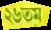
২৬তম